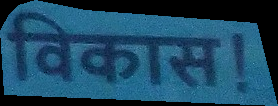
विकास !